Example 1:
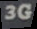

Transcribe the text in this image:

3G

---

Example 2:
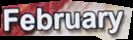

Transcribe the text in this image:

February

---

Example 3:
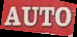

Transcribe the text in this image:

AUTO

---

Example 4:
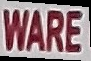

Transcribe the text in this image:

WARE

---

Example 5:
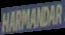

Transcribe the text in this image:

HARMANDAR